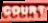
COURT